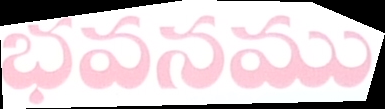
భవనము